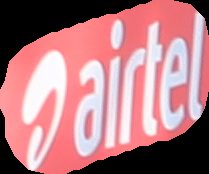
airtel